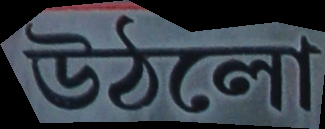
উঠলো